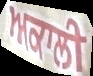
ਅਕਾਲੀ